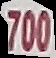
700